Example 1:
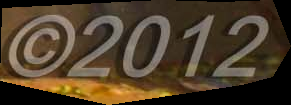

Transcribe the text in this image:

©2012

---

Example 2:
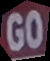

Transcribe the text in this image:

GO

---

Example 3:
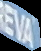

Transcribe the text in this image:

EVA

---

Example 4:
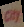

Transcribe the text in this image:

City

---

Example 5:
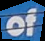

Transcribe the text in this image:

of